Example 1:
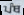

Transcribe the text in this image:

ਪੰਥ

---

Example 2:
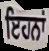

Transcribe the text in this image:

ਇਹਨਾਂ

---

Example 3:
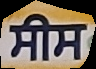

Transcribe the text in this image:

ਸੀਸ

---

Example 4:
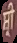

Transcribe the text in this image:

ਸ਼੍ਰੀ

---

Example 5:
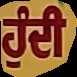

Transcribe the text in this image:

ਹੁੰਦੀ